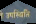
उपस्थिति